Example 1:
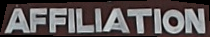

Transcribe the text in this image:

AFFILIATION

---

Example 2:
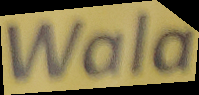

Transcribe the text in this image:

Wala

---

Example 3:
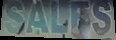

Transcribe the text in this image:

SALES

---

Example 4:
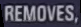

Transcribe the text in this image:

REMOVES,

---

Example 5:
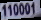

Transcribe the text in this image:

110001